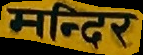
मन्दिर